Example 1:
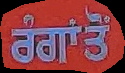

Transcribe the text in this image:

ਰੰਗਾਂਤੋਂ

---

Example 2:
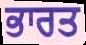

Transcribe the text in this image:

ਭਾਰਤ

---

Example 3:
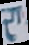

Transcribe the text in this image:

ਦਾ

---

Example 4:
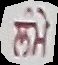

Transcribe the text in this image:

ਲੰਮੇ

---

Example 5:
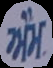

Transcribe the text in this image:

ਐਸ.